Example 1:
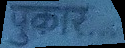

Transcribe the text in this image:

पुकार...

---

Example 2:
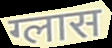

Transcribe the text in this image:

ग्लास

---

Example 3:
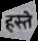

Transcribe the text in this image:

हस्ते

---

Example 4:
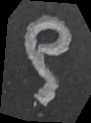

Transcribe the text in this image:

९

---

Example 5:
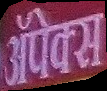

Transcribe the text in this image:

ॲपेक्स